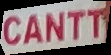
CANTT